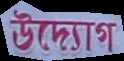
উদ্যোগ